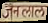
जैनलाल